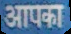
आपका